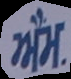
ਐਸ.